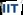
IIT